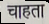
चाहता